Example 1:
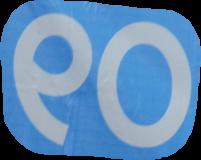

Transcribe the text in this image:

୧୦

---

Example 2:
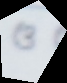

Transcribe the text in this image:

ଓ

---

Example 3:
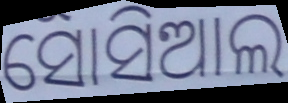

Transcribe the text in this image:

ସୋସିଆଲ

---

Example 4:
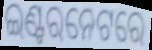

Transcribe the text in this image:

ଇଣ୍ଟରନେଟରେ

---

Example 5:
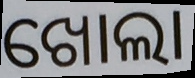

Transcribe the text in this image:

ଖୋଲା